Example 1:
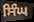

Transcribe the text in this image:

ਸਿੰਘ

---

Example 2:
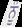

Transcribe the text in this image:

ਨੂੰ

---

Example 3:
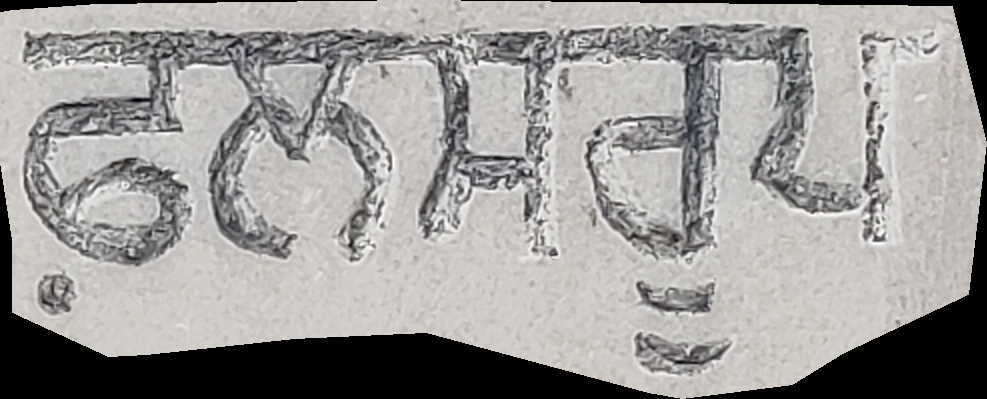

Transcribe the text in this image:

ਫ਼ਲਸਰੂਪ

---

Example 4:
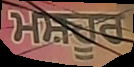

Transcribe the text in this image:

ਮਸ਼ਹੂਰ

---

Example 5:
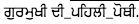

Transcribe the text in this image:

ਗੁਰਮੁਖੀਦੀਪਹਿਲੀਪੋਥੀ,